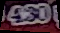
4:30